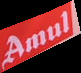
Amul